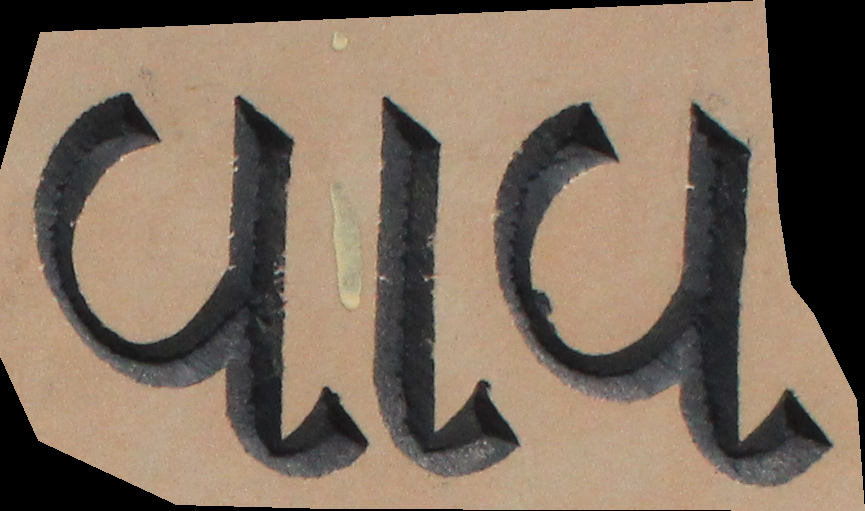
વાવ